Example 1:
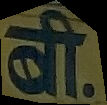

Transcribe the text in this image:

बी.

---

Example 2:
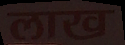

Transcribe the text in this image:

लाख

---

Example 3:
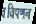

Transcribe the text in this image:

विपणन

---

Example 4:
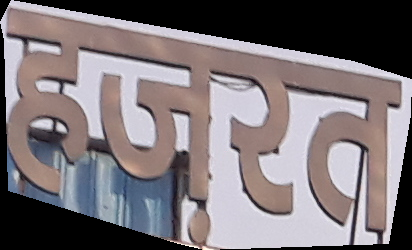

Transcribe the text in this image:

हजरत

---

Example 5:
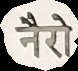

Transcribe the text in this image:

नैरो